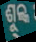
ଶୁକ୍ଳ